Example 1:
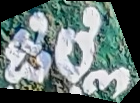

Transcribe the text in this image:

ಜಿಲ್ಲೆ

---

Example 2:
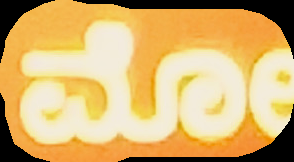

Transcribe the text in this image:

ಮೋ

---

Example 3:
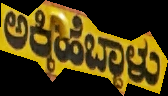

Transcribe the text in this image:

ಅಕ್ಕಿಹೆಬ್ಬಾಳು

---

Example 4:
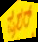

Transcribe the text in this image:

ಪ್ರೆಶರ್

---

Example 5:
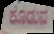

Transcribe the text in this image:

ಕೂಡುವ